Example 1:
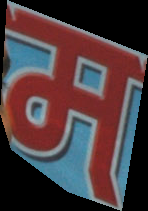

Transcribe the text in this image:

म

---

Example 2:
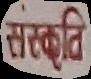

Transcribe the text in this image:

संस्कृति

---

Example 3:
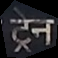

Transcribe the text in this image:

ट्रेन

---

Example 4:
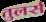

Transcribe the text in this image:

तुलसी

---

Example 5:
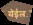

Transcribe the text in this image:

येईल